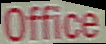
Office